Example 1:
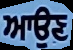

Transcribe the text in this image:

ਆਉਣ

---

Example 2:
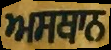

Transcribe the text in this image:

ਅਸਥਾਨ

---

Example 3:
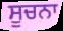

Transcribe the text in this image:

ਸੂਚਨਾ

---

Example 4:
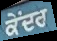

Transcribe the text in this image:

ਕੇਂਦਰ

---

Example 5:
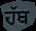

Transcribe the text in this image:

ਹੱਥ